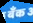
बँक